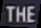
THE